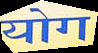
योग